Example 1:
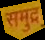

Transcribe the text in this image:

समुद्र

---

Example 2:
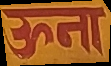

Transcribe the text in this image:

ऊना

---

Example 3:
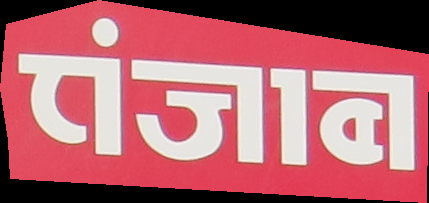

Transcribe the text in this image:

पंजाब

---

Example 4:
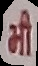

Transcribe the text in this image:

भी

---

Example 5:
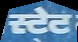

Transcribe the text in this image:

स्टेट